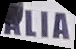
ALIA